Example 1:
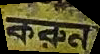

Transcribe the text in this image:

করুন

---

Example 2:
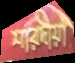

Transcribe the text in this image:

শারদীয়া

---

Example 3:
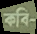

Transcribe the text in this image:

কবি-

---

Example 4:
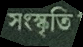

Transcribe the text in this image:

সংস্কৃতি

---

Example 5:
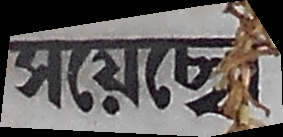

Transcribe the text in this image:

সয়েছে